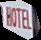
HOTEL